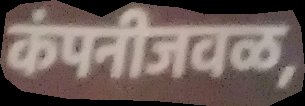
कंपनीजवळ,